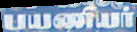
பயணியர்